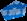
ऑफ